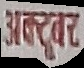
अक्टूबर